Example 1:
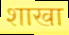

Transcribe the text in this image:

शाखा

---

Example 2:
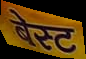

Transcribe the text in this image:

बेस्ट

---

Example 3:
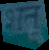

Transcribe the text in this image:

शत्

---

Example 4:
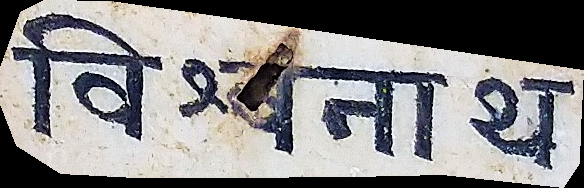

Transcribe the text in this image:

विश्वनाथ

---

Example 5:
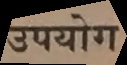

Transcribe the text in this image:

उपयोग